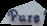
Pure